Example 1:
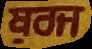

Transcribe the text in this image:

ਬੁਰਜ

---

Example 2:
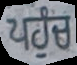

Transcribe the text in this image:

ਪਹੁੰਚ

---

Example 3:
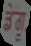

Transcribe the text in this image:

ਡੇਗੂ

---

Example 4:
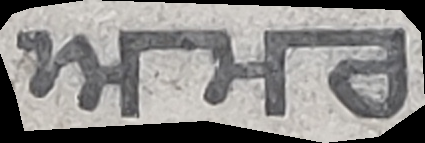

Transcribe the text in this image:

ਆਮਰ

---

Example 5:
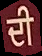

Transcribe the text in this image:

ਦੀ